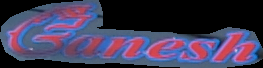
Ganesh